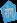
रोग